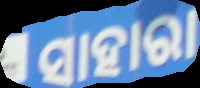
ସାହାରା